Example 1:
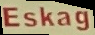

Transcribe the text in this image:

Eskag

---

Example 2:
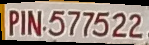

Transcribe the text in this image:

PIN-577522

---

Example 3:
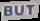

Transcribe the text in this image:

BUT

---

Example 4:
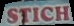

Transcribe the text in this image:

STICH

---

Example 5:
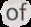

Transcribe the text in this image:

of